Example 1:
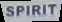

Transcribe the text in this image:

SPIRIT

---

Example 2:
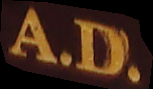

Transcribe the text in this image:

A.D.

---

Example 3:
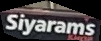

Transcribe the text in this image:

Siyarams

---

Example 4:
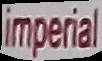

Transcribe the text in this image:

imperial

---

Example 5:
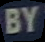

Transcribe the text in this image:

BY